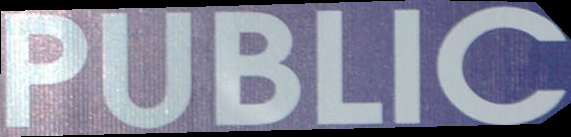
PUBLIC